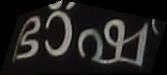
ഭാഷ